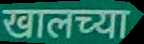
खालच्या